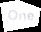
One